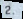
2.